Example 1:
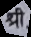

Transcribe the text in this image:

श्री.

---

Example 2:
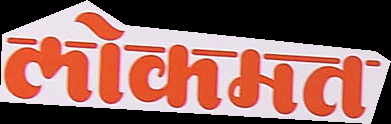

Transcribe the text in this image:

लोकमत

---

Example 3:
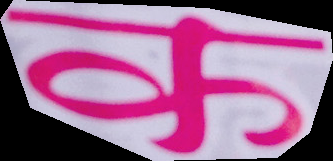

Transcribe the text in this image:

क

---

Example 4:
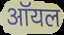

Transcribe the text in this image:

ऑयल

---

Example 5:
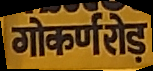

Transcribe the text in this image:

गोकर्ण रोड़